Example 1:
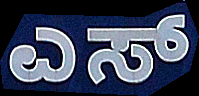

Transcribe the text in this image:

ಎಸ್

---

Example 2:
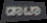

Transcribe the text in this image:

ಡಾಟಾ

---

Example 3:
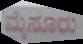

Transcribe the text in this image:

ಮೈಸೂರು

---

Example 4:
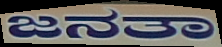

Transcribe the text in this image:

ಜನತಾ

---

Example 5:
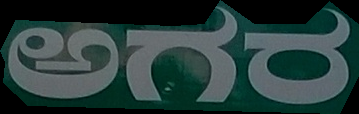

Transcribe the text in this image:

ಅಗರ